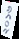
২০৯৬